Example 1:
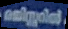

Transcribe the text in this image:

രജിസ്റ്ററിൽ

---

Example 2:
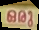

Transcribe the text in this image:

ഒരു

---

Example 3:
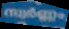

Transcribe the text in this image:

സ്വർണ്ണം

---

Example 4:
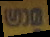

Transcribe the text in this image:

ഗ്രാമ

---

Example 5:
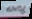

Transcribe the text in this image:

ഒരു